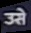
उसे